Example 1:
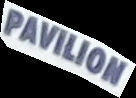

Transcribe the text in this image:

PAVILION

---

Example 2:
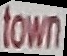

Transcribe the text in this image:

town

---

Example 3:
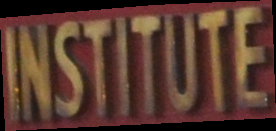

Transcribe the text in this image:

INSTITUTE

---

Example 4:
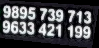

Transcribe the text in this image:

9895739713 9633421199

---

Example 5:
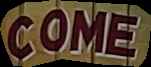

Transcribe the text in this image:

COME